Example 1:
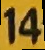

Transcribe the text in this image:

14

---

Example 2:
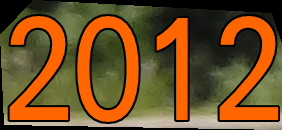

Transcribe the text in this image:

2012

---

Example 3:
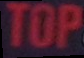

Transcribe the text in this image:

TOP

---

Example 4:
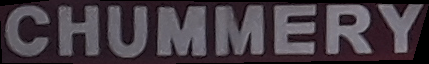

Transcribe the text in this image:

CHUMMERY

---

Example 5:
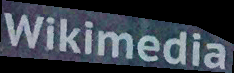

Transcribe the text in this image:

Wikimedia